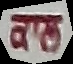
ਕਾਲ